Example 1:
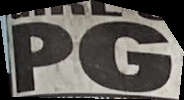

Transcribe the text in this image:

PG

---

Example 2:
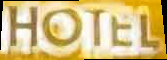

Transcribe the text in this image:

HOTEL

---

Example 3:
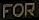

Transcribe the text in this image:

FOR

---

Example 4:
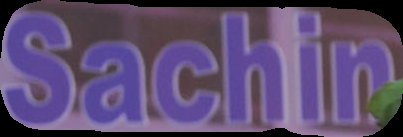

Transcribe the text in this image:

Sachin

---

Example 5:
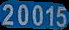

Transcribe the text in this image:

20015